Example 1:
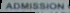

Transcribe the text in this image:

ADMISSION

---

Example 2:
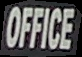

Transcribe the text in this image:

OFFICE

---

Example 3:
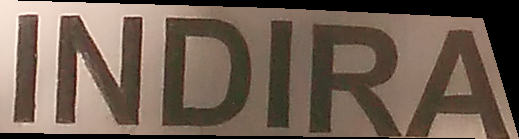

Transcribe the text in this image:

INDIRA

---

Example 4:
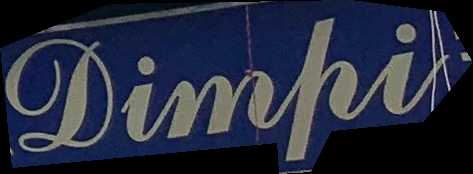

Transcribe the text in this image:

Dimpi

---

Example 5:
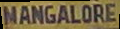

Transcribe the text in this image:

MANGALORE